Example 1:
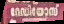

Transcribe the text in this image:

റേഡിയോസ്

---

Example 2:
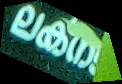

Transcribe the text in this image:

ലക്‌ന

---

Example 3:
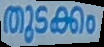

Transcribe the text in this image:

തുടക്കം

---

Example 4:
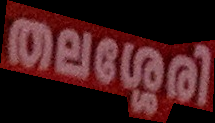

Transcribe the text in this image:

തലശ്ശേരി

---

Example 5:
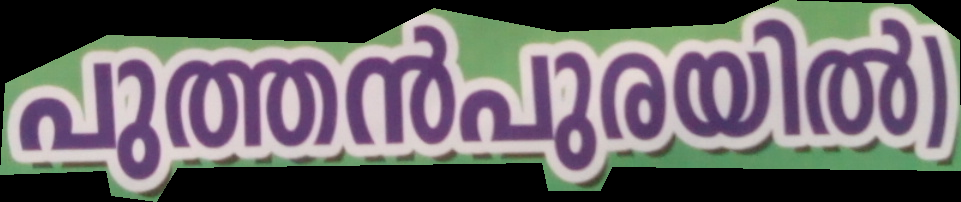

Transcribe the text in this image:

പുത്തൻപുരയിൽ